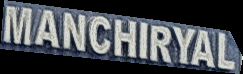
MANCHIRYAL